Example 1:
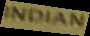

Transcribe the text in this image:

INDIAN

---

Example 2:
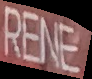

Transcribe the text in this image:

RENE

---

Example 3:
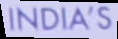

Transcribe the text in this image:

INDIA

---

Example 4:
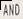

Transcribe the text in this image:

AND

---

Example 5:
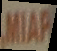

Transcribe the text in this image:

MIAP